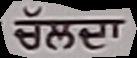
ਚੱਲਦਾ